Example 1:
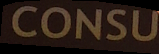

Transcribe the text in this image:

CONSU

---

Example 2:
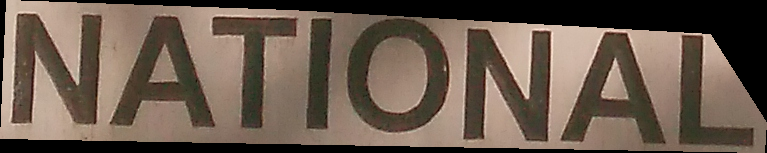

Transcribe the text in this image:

NATIONAL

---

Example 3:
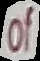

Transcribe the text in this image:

of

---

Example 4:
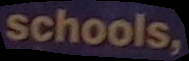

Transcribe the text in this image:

schools,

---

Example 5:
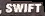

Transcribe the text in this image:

SWIFT